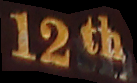
12th